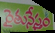
రైతునేస్తం